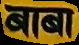
बाबा